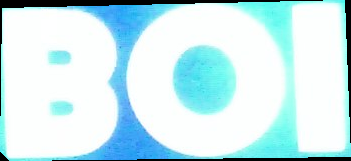
BOI